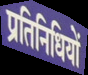
प्रतिनिधियों